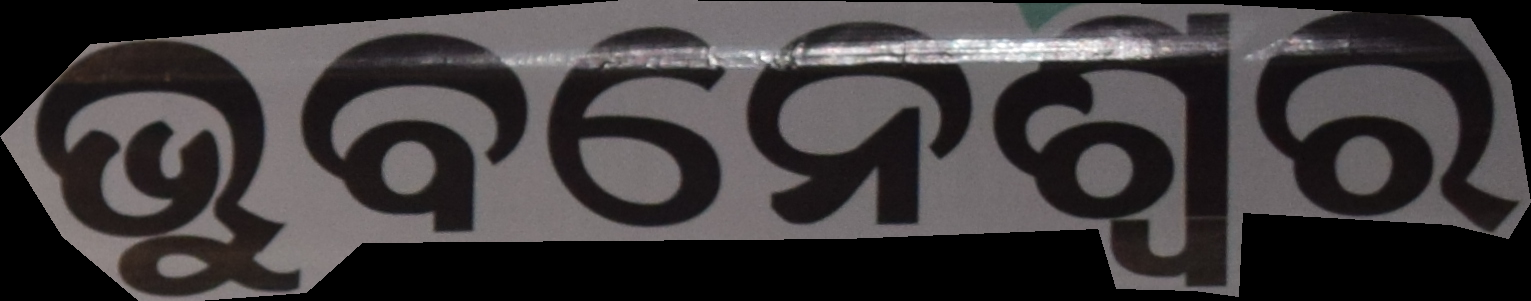
ଭୁବନେଶ୍ବର